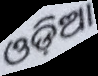
ଓଡ଼ିଆ